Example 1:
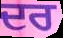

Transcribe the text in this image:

ਦਰ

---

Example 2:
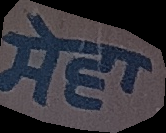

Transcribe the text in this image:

ਸੇਵਾ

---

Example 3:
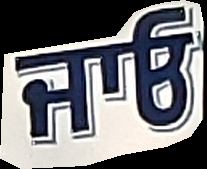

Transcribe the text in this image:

ਜਾਓ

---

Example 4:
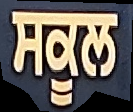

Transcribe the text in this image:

ਸਕੂਲ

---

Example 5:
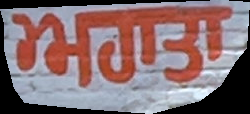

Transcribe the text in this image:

ਅਹਾਤਾ